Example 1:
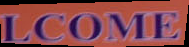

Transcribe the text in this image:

LCOME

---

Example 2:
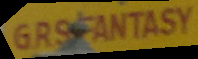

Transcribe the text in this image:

GRSFANTASY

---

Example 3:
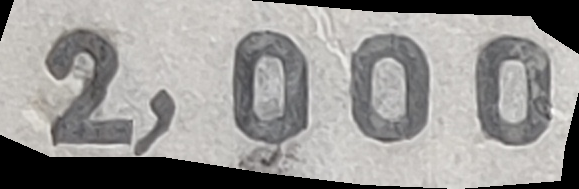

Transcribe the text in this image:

2,000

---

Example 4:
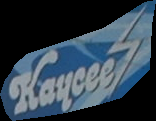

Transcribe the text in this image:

Kaycee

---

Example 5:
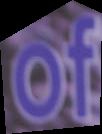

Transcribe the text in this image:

of